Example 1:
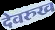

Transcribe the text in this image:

देवरुख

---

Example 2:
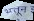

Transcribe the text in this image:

भत्तून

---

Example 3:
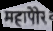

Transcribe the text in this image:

महापौर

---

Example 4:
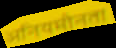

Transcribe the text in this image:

अनियमीनता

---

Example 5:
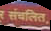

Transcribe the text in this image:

संचलित,